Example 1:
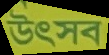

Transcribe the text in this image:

উৎসব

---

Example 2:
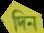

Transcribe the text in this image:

দিন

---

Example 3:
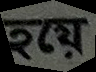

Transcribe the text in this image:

হয়ে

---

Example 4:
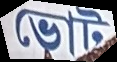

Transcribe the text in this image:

ভোট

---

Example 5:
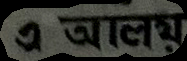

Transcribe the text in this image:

এ আলয়